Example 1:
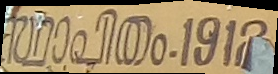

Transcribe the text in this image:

സ്ഥാപിതം-1912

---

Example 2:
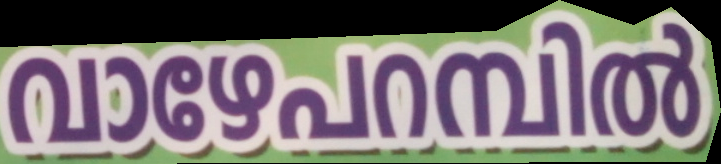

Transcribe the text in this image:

വാഴേപറമ്പിൽ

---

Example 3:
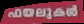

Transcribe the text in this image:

ഫയലുകൾ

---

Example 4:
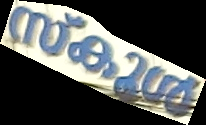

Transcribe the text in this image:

സ്‌കൂൾ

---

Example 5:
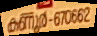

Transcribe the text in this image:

കണൂർ-670662